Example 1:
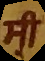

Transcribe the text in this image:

ਸ੍ਰੀ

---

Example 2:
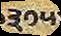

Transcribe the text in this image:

੩੭੫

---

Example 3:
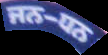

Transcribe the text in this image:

ਜਨ-ਧਨ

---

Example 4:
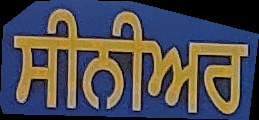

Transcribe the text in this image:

ਸੀਨੀਅਰ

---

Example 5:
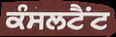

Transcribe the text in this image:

ਕੰਸਲਟੈਂਟ